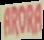
ARORA